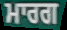
ਮਾਰਗ